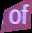
of